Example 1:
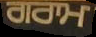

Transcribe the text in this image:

ਗਰਾਮ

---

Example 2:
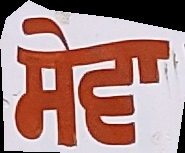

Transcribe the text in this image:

ਸੇਵਾ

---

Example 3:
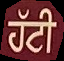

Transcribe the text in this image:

ਹੱਟੀ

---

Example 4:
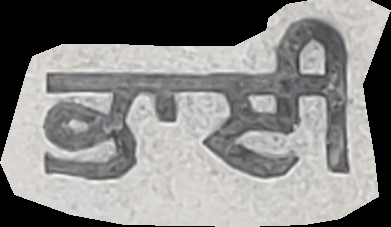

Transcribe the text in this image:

ਭਾਈ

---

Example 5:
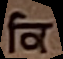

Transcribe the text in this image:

ਕਿ